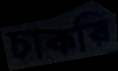
চাকরি